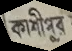
কাশীপুর